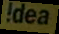
!dea